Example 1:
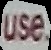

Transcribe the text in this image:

use.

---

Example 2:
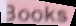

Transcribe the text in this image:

Books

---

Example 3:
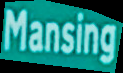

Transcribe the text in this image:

Mansing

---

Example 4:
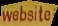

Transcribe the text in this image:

website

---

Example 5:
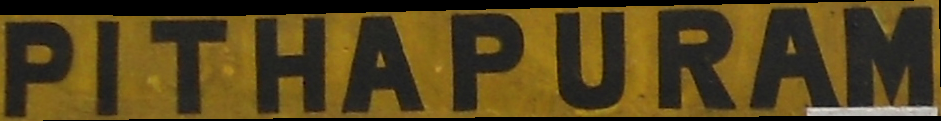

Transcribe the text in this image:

PITHAPURAM